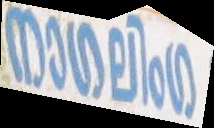
നാഗലിംഗ